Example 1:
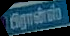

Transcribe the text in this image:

பிரான்ஸ்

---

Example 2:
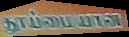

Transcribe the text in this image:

தூய்மையான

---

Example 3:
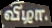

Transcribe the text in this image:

வீழா.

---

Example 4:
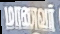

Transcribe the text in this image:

மாணவர்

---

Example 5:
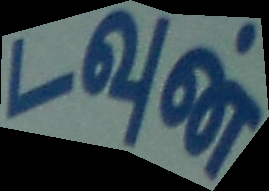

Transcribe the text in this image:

டவுன்